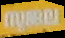
സുജല